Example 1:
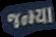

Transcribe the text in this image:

જન્મ્યા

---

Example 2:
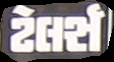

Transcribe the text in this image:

ટેલર્સ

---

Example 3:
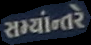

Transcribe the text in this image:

સમ્યાંન્તરે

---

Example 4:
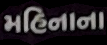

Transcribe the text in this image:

મહિનાના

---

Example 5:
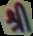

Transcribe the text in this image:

શ્ર0